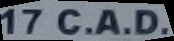
17C.A.D.